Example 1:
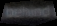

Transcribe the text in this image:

behind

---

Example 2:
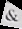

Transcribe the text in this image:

&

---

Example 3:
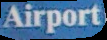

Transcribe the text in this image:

Airport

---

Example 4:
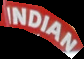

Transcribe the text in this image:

INDIAN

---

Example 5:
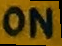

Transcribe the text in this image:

ON